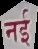
नई